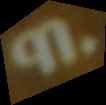
୩.